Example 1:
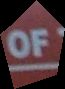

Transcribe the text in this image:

OF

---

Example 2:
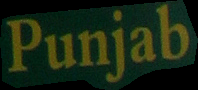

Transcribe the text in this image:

Punjab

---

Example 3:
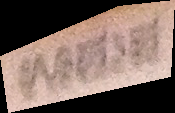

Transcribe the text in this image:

MAXI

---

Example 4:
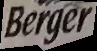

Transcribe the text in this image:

Berger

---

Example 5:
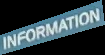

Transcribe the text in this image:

INFORMATION